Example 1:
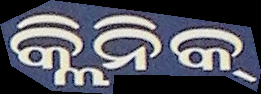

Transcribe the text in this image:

କ୍ଲିନିକ୍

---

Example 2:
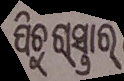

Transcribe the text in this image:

ପିତୁ ଗସ୍ତାର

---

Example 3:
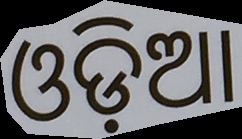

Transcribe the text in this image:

ଓଡ଼ିଆ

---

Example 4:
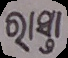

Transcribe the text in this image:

ରାସ୍ତା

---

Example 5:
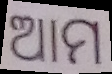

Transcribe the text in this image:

ଆମ